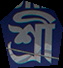
শ্রী